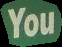
You